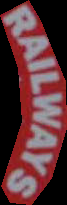
RAILWAYS